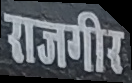
राजगीर